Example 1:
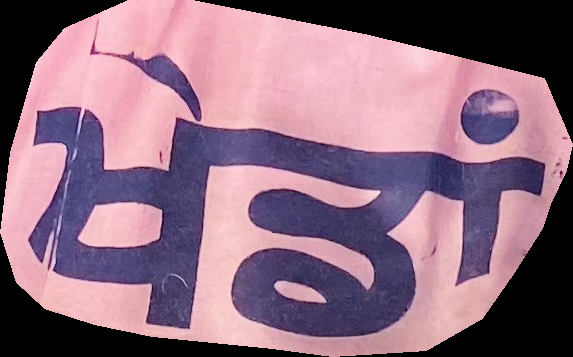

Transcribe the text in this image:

ਖੇਡਾਂ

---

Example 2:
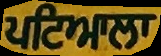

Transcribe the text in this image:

ਪਟਿਆਲਾ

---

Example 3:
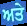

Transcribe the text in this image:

ਅਤੇ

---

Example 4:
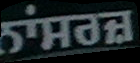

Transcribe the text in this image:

ਨਾਂਸਰਜ਼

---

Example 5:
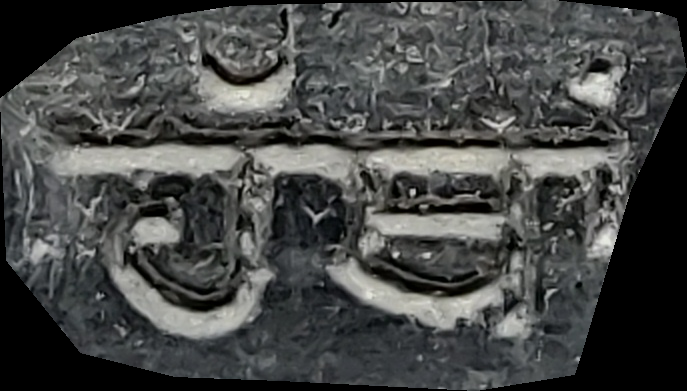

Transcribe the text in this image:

ਹੱਥਾਂ